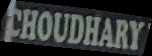
CHOUDHARY